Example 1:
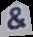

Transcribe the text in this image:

&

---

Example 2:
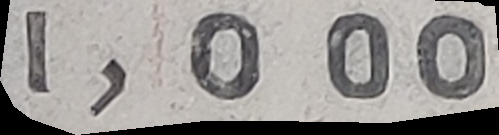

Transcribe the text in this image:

1,000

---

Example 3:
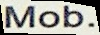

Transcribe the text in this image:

Mob.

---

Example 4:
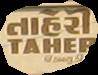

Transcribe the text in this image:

TAHER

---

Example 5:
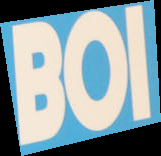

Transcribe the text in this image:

BOI